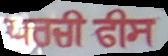
ਪਰਚੀ ਫੀਸ